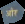
और